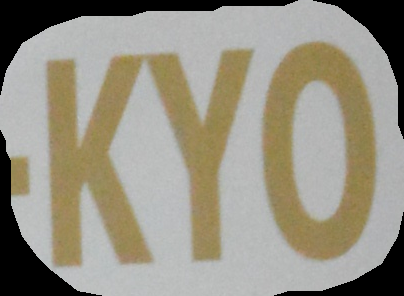
KYO